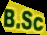
B.Sc